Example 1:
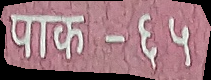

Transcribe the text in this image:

पाक-६५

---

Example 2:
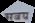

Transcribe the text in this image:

सवय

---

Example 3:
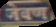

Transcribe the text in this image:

जेवण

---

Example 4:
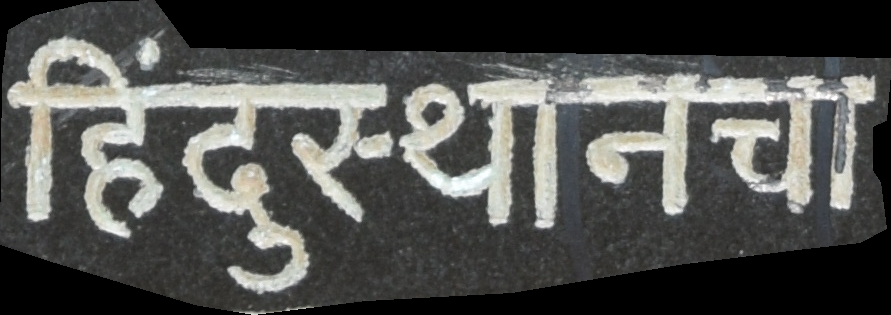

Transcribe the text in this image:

हिंदुस्थानचा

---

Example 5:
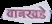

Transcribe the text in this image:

वानखडे